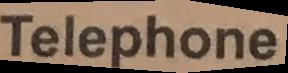
Telephone